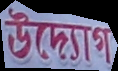
উদ্যোগ